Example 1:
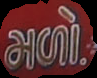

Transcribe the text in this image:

મળો.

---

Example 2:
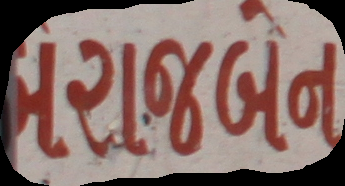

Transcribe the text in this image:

બેરાજબેન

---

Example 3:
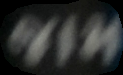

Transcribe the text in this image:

જામ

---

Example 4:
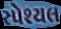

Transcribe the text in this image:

સ્પેશ્યલ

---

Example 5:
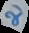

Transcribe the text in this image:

જે